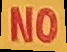
NO